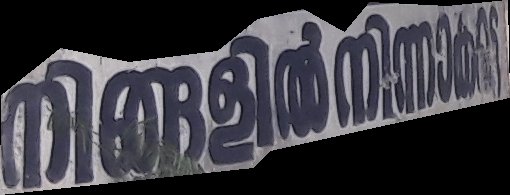
നിങ്ങളിൽ നിസാകറട്ട